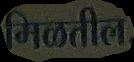
मिळतील